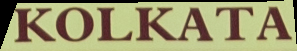
KOLKATA